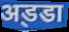
अड्डा